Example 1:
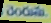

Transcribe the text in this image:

చెందును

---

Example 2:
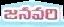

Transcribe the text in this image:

జనపరి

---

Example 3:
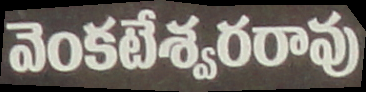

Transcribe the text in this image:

వెంకటేశ్వరరావు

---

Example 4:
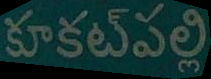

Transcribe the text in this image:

కూకట్వల్లి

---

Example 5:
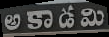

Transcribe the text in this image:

అకాడమి